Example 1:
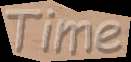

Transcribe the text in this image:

Time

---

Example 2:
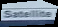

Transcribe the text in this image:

Satellite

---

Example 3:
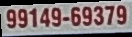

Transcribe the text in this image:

99149-69379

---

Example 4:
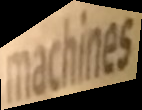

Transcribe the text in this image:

machines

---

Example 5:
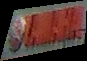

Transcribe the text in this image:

SUMAHA